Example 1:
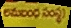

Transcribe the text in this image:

అనుబంధ సంస్థ్ర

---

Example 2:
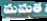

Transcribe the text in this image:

మమత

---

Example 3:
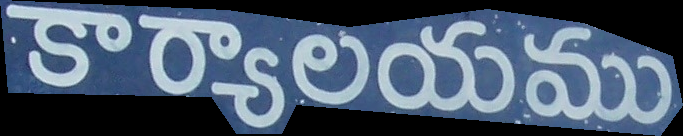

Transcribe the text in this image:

కార్యాలయము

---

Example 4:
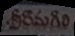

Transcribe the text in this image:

శ్రీరామగిరి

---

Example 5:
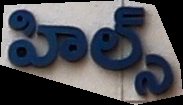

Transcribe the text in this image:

హిల్స్